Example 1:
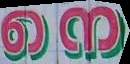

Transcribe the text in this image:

നെ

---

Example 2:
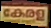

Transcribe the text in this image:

കേരള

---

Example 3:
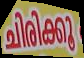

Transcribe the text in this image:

ചിരിക്കൂ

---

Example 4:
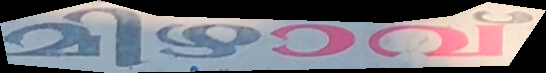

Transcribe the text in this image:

മിഴാവ്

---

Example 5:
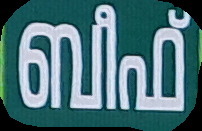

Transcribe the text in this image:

ബീഫ്